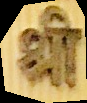
श्री